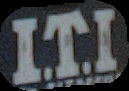
I.T.I